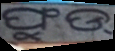
ଫୁଡ୍